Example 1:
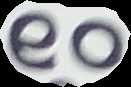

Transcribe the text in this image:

୧୦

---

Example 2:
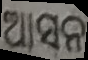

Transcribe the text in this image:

ଆସନ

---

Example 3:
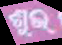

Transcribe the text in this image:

ଶୁଭ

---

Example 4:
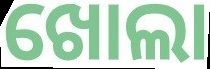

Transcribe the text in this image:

ଖୋଲା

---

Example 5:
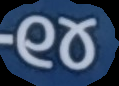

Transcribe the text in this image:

-୧୪